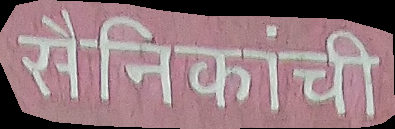
सैनिकांची